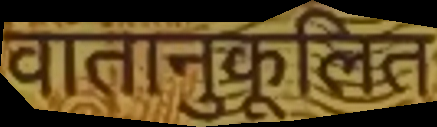
वातानुकूलित